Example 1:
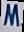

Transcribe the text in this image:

M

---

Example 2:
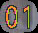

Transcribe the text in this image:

01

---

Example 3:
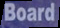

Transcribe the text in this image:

Board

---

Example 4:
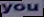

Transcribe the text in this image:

you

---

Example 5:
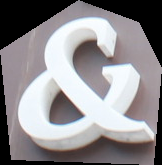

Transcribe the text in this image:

&